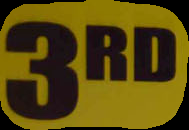
3RD